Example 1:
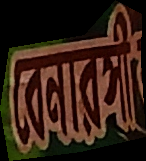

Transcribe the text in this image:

বেনাৱসী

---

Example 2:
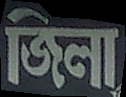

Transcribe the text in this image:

জিলা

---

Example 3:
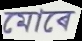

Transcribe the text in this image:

মোৰে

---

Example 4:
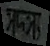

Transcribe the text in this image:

সদস্য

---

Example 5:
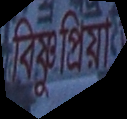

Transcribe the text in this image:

বিষ্ণুপ্রিয়া